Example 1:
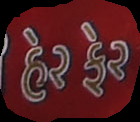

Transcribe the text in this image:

હે૨ફે૨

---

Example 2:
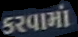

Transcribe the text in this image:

કરવામાં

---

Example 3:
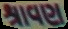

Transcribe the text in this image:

શ્રાવણ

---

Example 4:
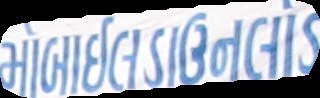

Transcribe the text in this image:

મોબાઈલ ડાઉનલોડ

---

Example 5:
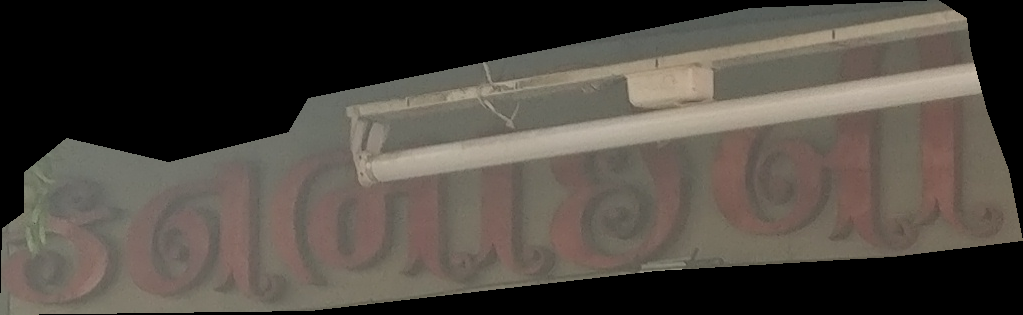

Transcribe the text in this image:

કનભાઈના